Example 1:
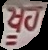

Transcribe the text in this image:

ਖੂਹ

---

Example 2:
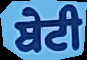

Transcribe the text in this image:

ਬੇਟੀ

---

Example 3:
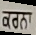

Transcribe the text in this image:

ਕਰਨਾ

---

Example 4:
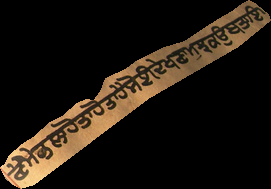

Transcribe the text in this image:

ਵੇਮੈਕੁਲਾਹੋਤਾਹੋਤਾਹੈਸੋਈਦੇਖਣਾਮੁਝਕਉਬਤਾਇਾ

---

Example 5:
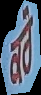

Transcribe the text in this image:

ਕਰੇ